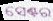
ସେଣ୍ଟର